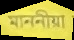
মাননীয়া